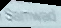
Samwad